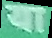
या